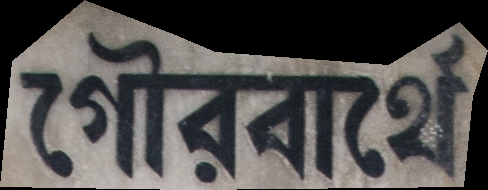
গৌরবার্থে